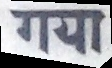
गया